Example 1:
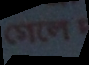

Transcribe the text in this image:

মেলে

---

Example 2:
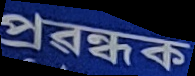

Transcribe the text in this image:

প্ৰৱন্ধক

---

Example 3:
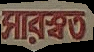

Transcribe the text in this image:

সারস্বত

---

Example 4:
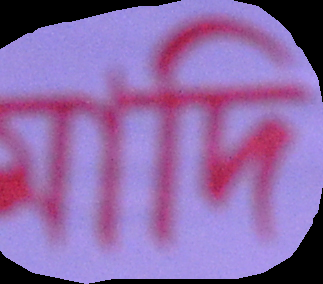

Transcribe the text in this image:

মাদি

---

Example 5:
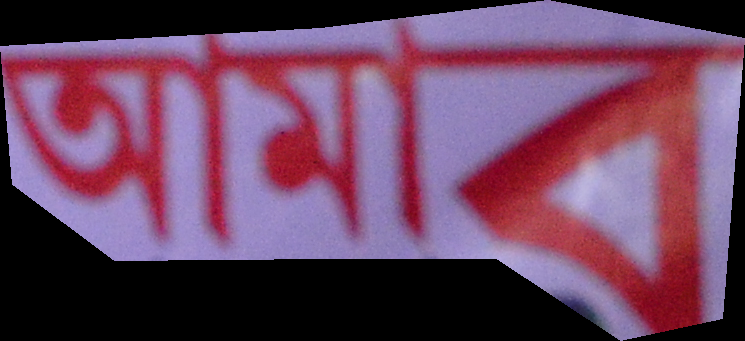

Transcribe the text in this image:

আমাব